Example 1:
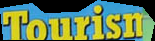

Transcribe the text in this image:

Tourism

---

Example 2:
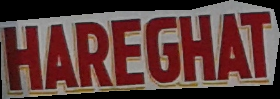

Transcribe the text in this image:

HAREGHAT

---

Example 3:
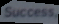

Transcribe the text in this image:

Success,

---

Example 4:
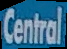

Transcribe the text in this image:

Central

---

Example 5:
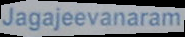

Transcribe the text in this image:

Jagajeevanaram